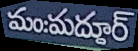
మం:మద్దూర్